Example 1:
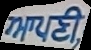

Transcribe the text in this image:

ਆਪਣੀ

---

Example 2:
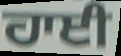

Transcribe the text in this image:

ਹਾਈ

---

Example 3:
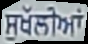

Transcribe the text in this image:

ਸੁਖੱਲੀਆਂ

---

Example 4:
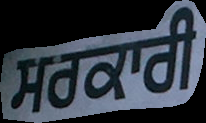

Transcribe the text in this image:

ਸਰਕਾਰੀ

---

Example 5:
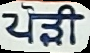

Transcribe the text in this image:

ਪੇੜੀ